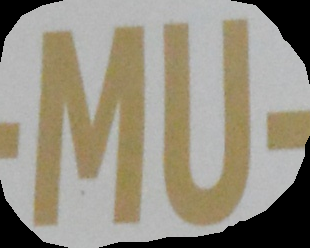
MU-